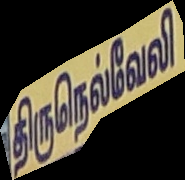
திருநெல்வேலி